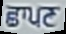
ਛਾਪਣ